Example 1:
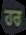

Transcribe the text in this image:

ਹਰ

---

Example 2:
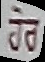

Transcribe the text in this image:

ਹੋਰ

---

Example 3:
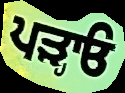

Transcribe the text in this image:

ਪੜਾੳ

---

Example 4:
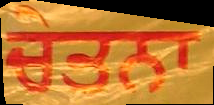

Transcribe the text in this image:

ਚੇਤਨਾ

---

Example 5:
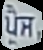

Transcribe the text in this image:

ਪੈੁਜ